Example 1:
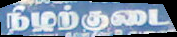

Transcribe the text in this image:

நழற்குடை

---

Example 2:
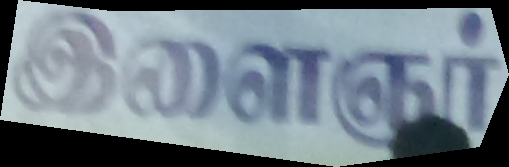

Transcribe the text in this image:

இளைஞா்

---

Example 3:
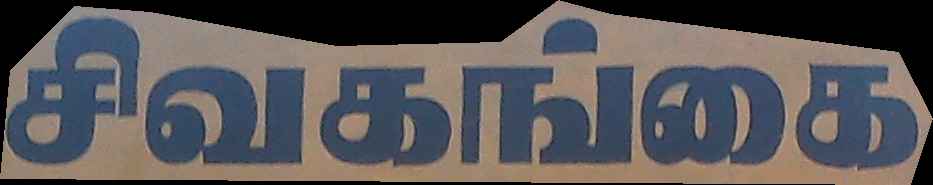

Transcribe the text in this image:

சிவகங்கை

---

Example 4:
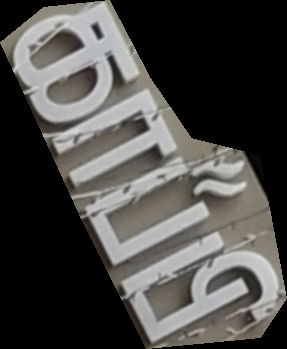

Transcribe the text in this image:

காப்பி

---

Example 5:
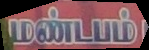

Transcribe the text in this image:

மண்டபம்